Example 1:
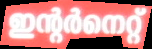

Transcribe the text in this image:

ഇൻ്റർനെറ്റ്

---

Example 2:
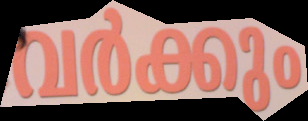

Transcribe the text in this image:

വർക്കും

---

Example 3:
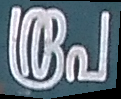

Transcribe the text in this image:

രൂപ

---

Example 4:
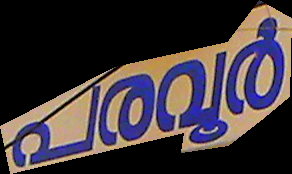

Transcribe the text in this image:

പരവൂർ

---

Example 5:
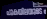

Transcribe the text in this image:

പാകയിലയുടെ